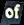
of